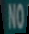
NO